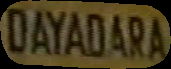
DAYADARA